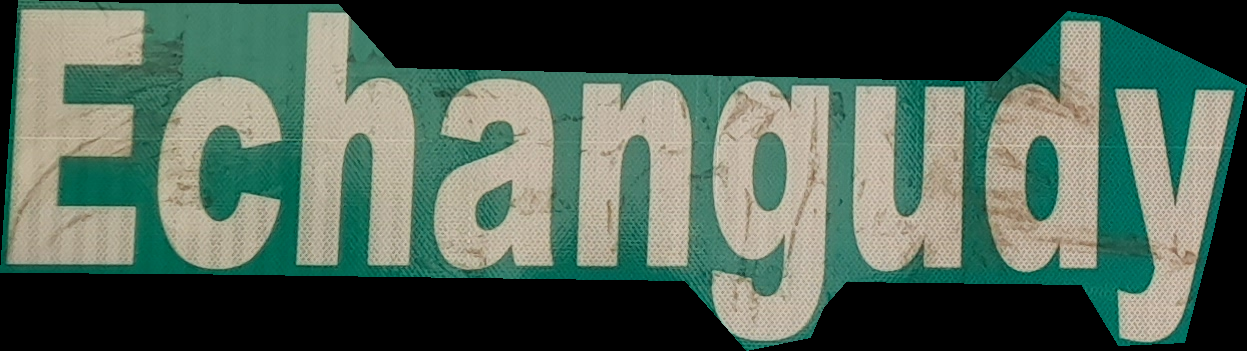
Echangudy